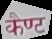
कैण्ट